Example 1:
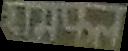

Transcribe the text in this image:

रामफल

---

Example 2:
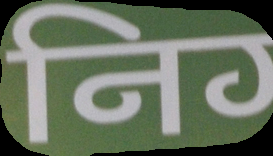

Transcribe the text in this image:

निग्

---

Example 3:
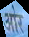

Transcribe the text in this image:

ओर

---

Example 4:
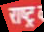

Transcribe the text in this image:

राष्ट्र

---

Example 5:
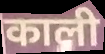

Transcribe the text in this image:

काली